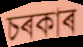
চৰকাৰ